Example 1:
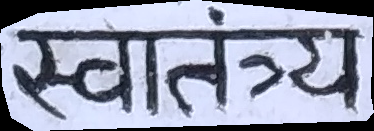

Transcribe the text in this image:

स्वातंत्र्य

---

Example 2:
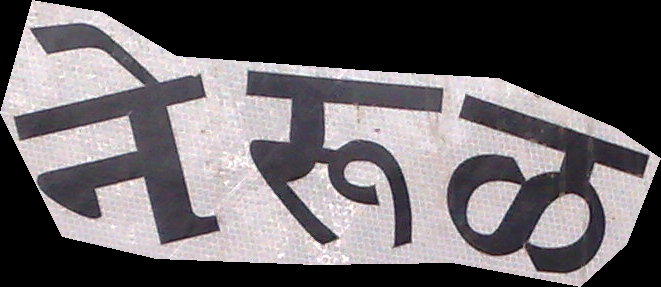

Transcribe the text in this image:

नेरूळ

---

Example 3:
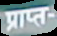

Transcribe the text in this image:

प्राप्त-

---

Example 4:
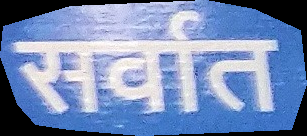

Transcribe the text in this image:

सर्वात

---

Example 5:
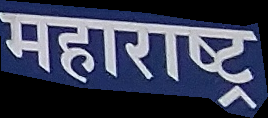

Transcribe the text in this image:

महाराष्ट्र